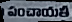
పంచాయతీ